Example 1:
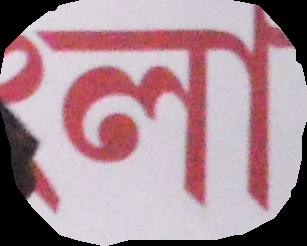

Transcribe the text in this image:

লা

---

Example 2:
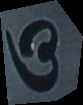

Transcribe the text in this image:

ও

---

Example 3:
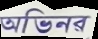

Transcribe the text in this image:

অভিনর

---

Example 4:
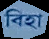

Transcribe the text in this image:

বিহা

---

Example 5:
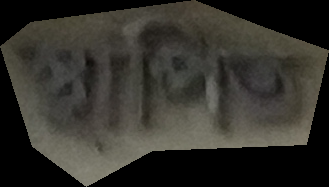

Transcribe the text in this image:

স্থপিত